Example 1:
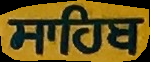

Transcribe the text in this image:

ਸਾਇਬ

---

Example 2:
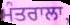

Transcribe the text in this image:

ਮੰਤਰਾਲਾ,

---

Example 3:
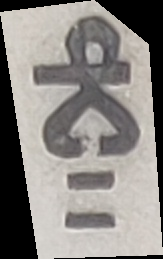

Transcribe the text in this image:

ਨੂੰ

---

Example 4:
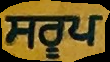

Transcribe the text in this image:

ਸਰੂਪ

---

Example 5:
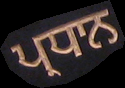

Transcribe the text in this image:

ਪ੍ਰਧਾਨ